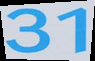
31